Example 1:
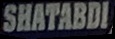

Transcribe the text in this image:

SHATABDI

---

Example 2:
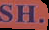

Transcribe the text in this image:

SH.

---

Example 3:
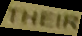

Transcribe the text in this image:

THEIR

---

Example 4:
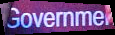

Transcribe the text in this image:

Governme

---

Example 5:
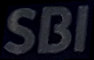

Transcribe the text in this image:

SBI